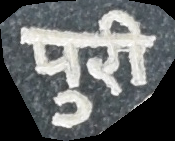
पुरी